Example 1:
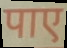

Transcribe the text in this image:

पाए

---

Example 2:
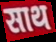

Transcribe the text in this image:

साथ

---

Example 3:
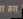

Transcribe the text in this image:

करा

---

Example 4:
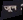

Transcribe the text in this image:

जून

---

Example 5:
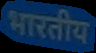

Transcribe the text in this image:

भारतीय